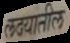
लदयातील